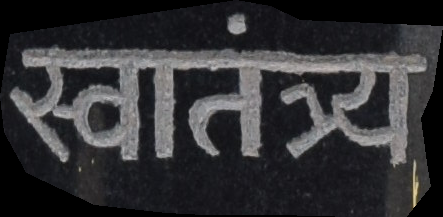
स्वातंत्र्य